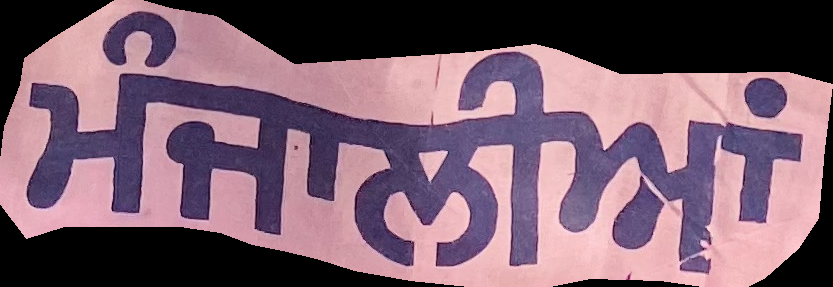
ਮੰਜਾਲੀਆ